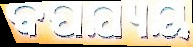
ଦପଯ୍ଯୟ